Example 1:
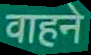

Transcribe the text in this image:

वाहने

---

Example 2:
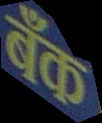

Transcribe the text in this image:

बँक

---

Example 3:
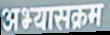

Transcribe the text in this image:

अभ्यासक्रम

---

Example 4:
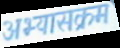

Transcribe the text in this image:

अभ्यासक्रम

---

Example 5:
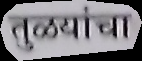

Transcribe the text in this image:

तुळयांचा